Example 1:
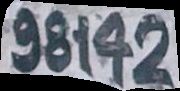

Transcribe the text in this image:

98142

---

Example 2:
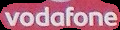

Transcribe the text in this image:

vodafone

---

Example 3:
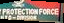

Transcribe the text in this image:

PROTECTIONFORCE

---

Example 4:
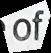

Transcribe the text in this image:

of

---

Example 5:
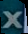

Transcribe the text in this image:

X